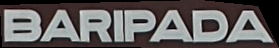
BARIPADA